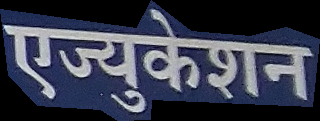
एज्युकेशन